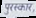
पुरस्कार